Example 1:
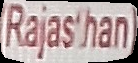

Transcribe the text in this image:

Rajasthan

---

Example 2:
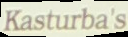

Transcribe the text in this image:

Kasturba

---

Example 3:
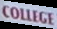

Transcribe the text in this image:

COLLEGE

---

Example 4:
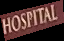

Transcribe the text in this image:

HOSPITAL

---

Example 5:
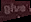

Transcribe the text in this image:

give